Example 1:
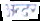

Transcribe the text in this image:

अन्दर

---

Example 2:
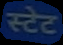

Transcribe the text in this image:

स्टेट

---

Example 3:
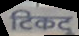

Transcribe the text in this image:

टिकट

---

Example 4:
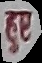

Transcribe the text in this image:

हुए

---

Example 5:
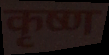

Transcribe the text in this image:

कृष्ण